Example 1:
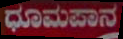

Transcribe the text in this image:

ಧೂಮಪಾನ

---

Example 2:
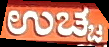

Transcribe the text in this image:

ಉಚ್ಚ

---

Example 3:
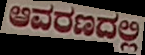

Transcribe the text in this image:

ಆವರಣದಲ್ಲಿ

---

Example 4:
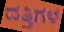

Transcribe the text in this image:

ದತ್ತಿಗಳ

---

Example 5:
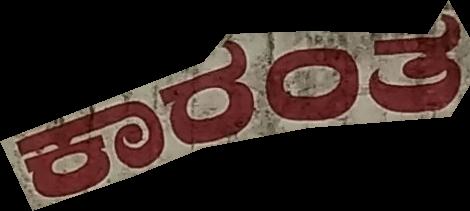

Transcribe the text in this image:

ಕಾರಂತ